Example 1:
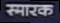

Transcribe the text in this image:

स्मारक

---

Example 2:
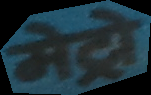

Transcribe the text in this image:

मेट्रो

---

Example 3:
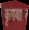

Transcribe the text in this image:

कृपया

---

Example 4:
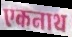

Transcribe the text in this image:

एकनाथ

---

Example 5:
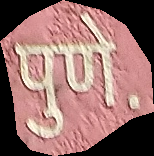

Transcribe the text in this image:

पुणे.